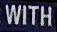
WITH